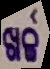
ଖର୍ଚ୍ଚ